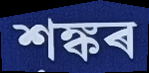
শঙ্কৰ